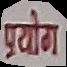
प्रयोग